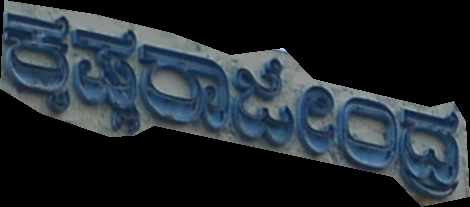
ಕೃಷ್ಣರಾಜೇಂದ್ರ ಆಸ್ಪತ್ರೆ